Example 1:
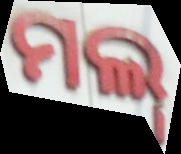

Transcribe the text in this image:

ମଲ୍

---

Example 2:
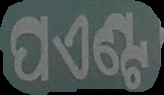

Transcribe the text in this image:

ପଏଣ୍ଟ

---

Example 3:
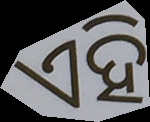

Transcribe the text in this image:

ଏହି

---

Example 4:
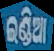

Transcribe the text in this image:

ଇଣ୍ଡିଆ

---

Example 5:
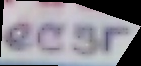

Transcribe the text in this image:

୧୯୬୮